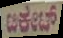
ೞಕೇಟ್